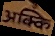
अक्कि